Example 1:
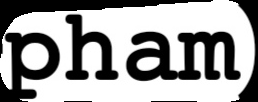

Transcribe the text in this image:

pham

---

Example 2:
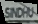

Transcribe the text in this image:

SINDHU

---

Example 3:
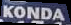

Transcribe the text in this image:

KONDA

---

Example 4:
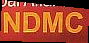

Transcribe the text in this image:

NDMC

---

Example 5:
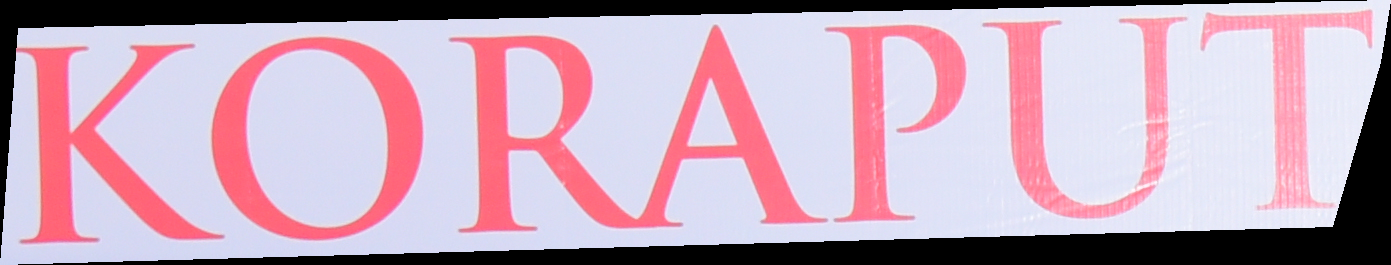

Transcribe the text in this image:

KORAPUT